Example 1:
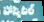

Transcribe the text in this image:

హాస్పిటల్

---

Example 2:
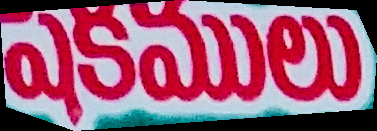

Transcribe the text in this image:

షకములు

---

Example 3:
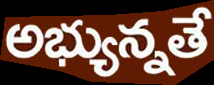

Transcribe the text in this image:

అభ్యున్నతే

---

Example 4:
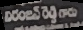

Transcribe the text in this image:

నిరంజన్ రెడ్డి గారు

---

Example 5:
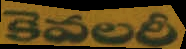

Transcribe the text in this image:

కెవలరీ